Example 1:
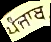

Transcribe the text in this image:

ਪੰਜਾਬ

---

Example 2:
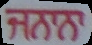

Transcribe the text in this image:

ਜਨਾਨਾ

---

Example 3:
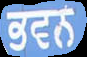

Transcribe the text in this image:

ਭਵਨ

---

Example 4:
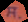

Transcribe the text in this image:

ਸ.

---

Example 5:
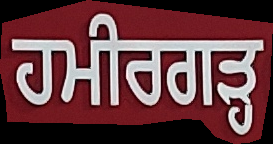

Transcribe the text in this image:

ਹਮੀਰਗੜ੍ਹ